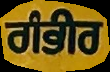
ਗੰਭੀਰ